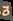
ਠ